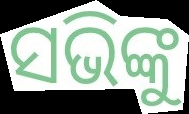
ସଭିଙ୍କୁ